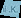
l.K.